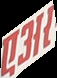
एअर